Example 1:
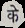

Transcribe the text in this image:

के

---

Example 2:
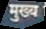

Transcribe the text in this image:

मुख्‍य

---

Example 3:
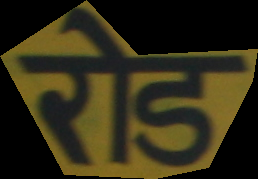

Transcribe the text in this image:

रोड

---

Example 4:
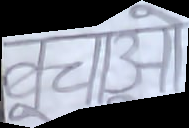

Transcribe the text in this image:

बूचाओ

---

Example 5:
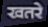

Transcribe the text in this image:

खतरे